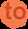
to